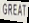
GREAT